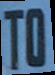
TO